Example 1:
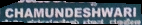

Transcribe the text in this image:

CHAMUNDESHWARI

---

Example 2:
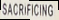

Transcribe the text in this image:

SACRIFICING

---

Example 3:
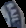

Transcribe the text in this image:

RAIL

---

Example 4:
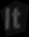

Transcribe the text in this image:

It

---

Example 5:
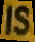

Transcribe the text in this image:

IS